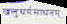
खलुधर्मसाधनम्